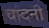
चांदनी